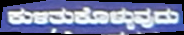
ಕುಳಿತುಕೊಳ್ಳುವುದು